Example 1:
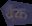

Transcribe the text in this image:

बैंक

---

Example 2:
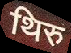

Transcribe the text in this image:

थिरु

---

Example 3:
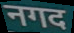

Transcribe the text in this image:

नगद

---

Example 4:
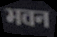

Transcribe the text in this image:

भवन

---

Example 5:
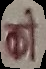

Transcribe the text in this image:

काे